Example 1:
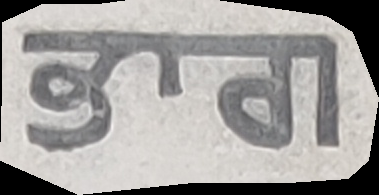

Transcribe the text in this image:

ਭਾਗ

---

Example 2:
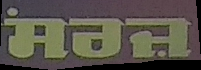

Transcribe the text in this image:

ਸਂਰਜ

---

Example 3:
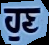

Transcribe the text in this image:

ਹੁਣ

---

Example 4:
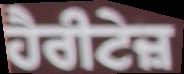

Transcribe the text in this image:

ਹੈਰੀਟੇਜ਼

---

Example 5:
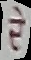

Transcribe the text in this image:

ਦੇ